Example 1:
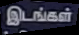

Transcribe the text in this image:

இடங்கள்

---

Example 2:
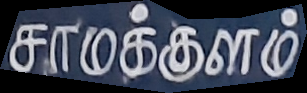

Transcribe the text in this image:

சாமக்குளம்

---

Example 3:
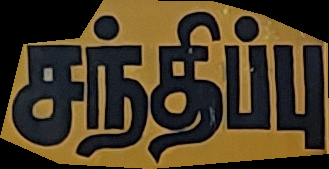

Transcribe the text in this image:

சந்திப்பு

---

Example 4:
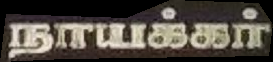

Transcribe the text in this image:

நாயக்கா்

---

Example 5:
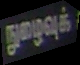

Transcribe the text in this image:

நுழைவுக்